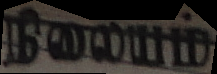
நிலையம்